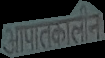
आपातकालीन